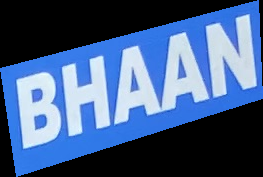
BHAAN